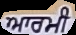
ਆਰਮੀ